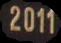
2011